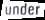
under